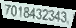
7018432343,